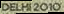
DELHI2010